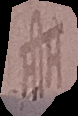
ਸੀਸ